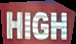
HIGH